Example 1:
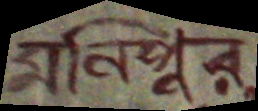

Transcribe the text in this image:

মনিপুর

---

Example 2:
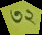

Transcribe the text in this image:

৩২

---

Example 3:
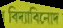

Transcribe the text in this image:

বিদ্যাবিনোদ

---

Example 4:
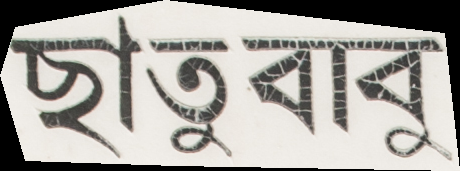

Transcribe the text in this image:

ছাতুবাবু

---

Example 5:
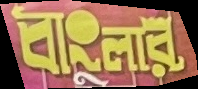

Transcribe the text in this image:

বাংলার